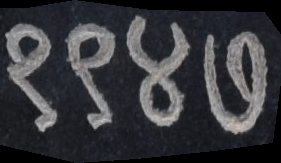
१९४७